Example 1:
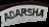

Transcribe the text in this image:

ADARSHA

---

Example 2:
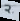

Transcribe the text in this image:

2.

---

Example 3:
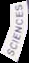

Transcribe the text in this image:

SCIENCES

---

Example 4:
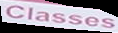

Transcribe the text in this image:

Classes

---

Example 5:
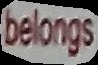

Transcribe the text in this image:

belongs